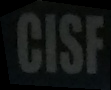
CISF